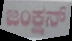
ಜಂಕ್ಷನ್